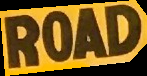
ROAD